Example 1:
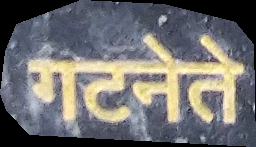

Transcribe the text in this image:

गटनेते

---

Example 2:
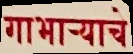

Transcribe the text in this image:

गाभार्‍याचे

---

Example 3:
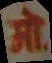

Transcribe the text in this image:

मो.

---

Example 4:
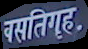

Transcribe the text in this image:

वसतिगृह.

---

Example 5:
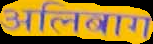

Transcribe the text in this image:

अलिबाग